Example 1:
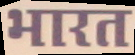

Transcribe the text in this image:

भारत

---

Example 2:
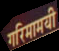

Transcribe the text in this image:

गरिमामयी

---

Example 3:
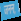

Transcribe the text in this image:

जनन्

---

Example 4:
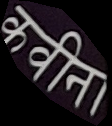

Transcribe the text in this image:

कवीना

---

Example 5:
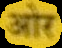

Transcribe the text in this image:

ओर